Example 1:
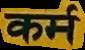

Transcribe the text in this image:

कर्म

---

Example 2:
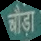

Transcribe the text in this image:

चौड़ा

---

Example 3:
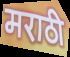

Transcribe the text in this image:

मराठी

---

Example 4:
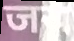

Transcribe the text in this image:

ज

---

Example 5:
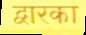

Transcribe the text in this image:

द्वारका